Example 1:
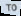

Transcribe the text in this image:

TO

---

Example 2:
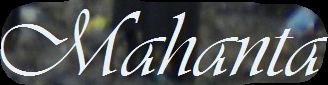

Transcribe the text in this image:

Mahanta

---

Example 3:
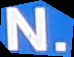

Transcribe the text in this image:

N.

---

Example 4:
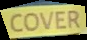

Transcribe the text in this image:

COVER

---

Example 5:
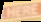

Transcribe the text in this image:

HERE